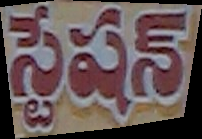
స్టేషన్